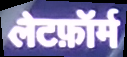
लेटफ़ॉर्म